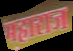
महाराज